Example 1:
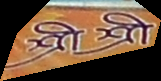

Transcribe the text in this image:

শীশী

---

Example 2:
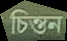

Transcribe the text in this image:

চিন্তন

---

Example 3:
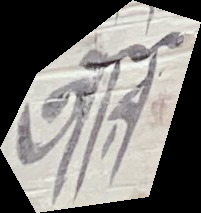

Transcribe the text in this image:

আর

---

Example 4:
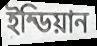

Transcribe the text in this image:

ইন্ডিয়ান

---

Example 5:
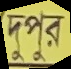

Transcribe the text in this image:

দুপুর